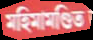
মহিমামণ্ডিত